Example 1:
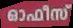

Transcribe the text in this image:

ഓഫീസ്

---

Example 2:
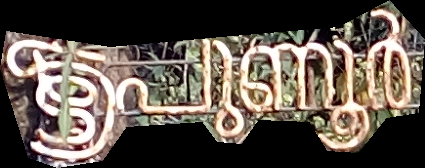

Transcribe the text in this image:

ശ്രി പുണൂർ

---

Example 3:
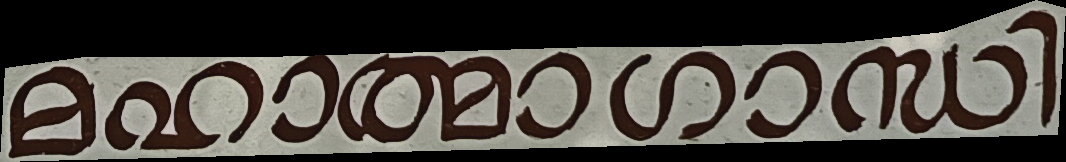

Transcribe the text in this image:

മഹാത്മാഗാന്ധി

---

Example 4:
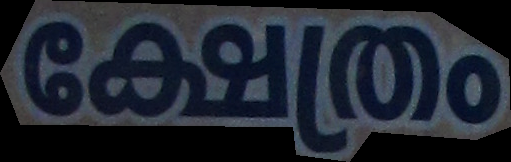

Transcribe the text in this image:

ക്ഷേത്രം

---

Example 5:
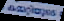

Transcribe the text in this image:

കമ്മറ്റിയുടെ